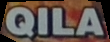
QILA